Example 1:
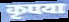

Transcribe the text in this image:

कृपया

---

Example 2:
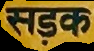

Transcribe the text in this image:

सड़क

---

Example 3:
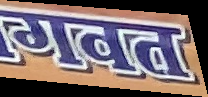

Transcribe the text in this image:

गवत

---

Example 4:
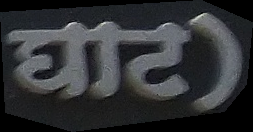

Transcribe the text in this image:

घाट)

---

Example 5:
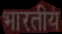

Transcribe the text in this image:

भारतीय